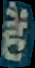
हैं